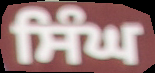
ਸਿੰਘ